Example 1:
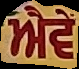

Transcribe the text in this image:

ਐਵੇਂ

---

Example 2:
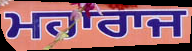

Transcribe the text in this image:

ਮਹਾਰਾਜ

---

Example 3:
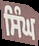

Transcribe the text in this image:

ਸਿੰਘ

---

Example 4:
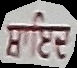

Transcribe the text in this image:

ਥਾਇਦ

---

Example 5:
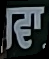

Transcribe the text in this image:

ਵਾ